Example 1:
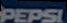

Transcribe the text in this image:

PEPSI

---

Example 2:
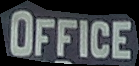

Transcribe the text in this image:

OFFICE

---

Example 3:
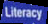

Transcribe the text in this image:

Literacy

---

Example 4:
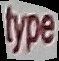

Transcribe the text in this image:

type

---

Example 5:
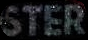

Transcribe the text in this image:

STER